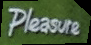
Pleasure